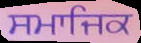
ਸਮਾਜਿਕ